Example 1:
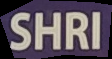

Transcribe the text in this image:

SHRI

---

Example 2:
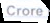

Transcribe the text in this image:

Crore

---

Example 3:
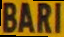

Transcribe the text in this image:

BARI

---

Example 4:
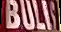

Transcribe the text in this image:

BULLS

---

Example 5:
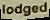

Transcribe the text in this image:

lodged